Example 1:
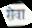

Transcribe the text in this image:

सेवा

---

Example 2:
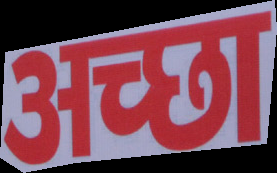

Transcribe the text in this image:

अच्‍छा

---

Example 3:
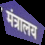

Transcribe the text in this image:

मंत्रालय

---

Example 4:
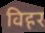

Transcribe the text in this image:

विहर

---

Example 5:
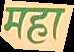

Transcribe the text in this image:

महा